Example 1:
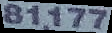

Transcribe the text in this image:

81177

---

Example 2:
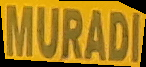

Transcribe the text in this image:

MURADI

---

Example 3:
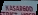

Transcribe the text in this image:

KASARGOD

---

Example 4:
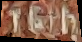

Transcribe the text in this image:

16h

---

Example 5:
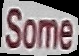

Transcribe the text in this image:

Some